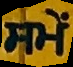
ਸਮੇਂ